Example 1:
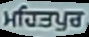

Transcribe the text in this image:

ਮਹਿਤਪੁਰ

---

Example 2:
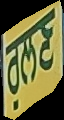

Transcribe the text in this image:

ਰੁਲਣ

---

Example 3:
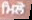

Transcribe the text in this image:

ਮਿਲੇ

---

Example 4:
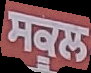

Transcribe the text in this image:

ਸਕੂਲ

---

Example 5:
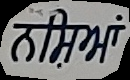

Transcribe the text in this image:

ਨਸ਼ਿਆਂ